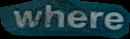
where